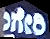
ಲಗೇರ